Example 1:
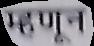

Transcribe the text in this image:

म्हणून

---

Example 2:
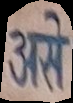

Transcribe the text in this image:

असे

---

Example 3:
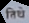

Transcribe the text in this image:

तिथे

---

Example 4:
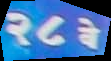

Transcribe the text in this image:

२८वे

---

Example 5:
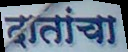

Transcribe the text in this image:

दातांचा